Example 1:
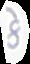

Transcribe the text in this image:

કે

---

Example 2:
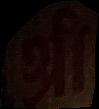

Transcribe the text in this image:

શ્રી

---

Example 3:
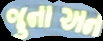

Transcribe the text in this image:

જુનાઅન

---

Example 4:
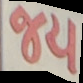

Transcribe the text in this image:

જય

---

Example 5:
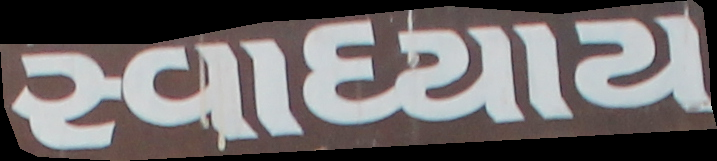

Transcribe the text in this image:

સ્વાધ્યાય